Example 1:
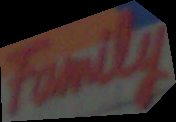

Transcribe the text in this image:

Family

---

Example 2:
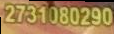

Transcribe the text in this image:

2731080290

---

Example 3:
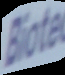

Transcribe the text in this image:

Biote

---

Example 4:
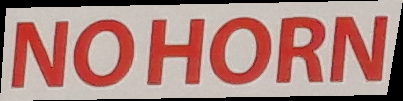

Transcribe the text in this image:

NOHORN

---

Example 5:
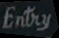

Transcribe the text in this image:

Entry